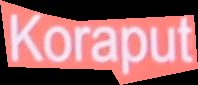
Koraput